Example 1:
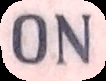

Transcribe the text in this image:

ON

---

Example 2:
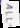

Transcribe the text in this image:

ALL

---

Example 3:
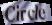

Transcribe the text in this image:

Circle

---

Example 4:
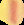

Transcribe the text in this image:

I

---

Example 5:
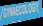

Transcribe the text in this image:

GYNAECOLOGY,